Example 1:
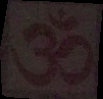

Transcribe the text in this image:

ॐ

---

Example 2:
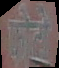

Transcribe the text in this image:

फोटो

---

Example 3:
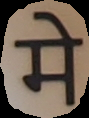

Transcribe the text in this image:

मे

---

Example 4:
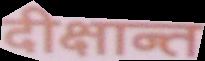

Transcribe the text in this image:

दीक्षान्त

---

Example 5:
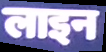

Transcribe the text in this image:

लाइन